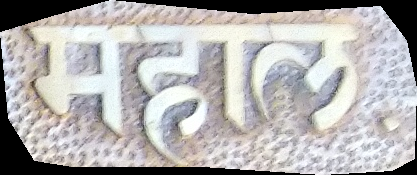
महाल